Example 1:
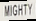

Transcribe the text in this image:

MIGHTY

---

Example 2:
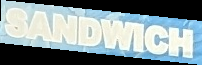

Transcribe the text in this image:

SANDWICH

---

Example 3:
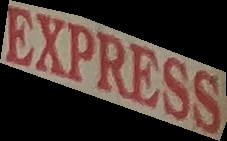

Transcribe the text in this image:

EXPRESS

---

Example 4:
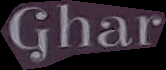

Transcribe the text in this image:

Ghar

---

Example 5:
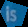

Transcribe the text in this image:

is